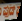
ಫುಡ್